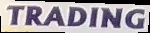
TRADING